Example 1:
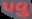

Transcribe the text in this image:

પવુ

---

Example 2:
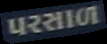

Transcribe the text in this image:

પરસાળ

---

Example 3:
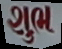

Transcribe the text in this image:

શુભ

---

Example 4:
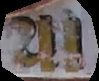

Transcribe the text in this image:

યા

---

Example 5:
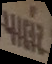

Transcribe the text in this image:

પાર્લર